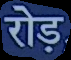
रोड़